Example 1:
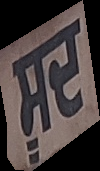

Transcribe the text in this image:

ਸੂਦ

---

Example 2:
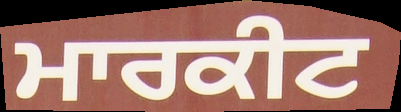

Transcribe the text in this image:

ਮਾਰਕੀਟ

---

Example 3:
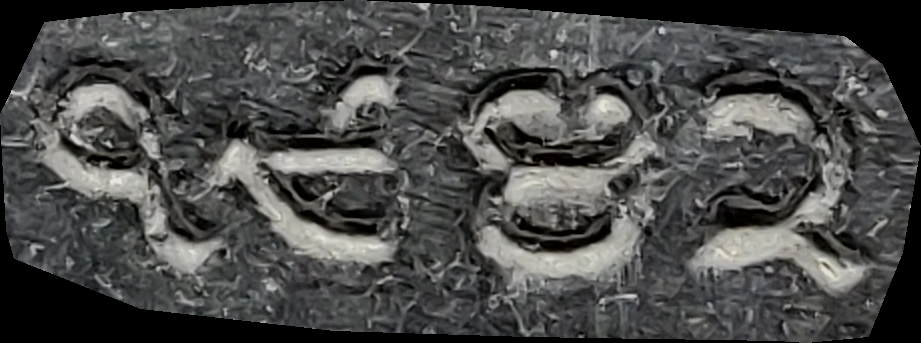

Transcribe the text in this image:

੧੯੪੨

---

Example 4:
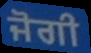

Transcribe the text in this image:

ਜੋਗੀ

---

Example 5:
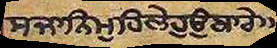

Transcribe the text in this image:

ਸਜਾਨਿਮੁਹਿਲੇਹੁਉਬਾਰੇਾਾ